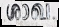
ശാഖ